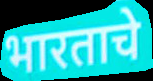
भारताचे